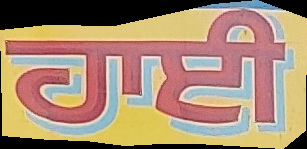
ਹਾਈ